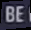
BE